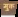
मुक